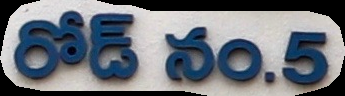
రోడ్ నం.5